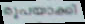
രൂപയാക്കി